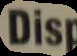
Disp